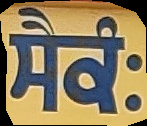
ਸੈਕੰ: